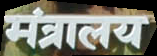
मंत्रालय